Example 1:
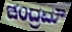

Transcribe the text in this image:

ಚಂದ್ರಮೌ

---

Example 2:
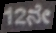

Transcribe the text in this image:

12ನೇ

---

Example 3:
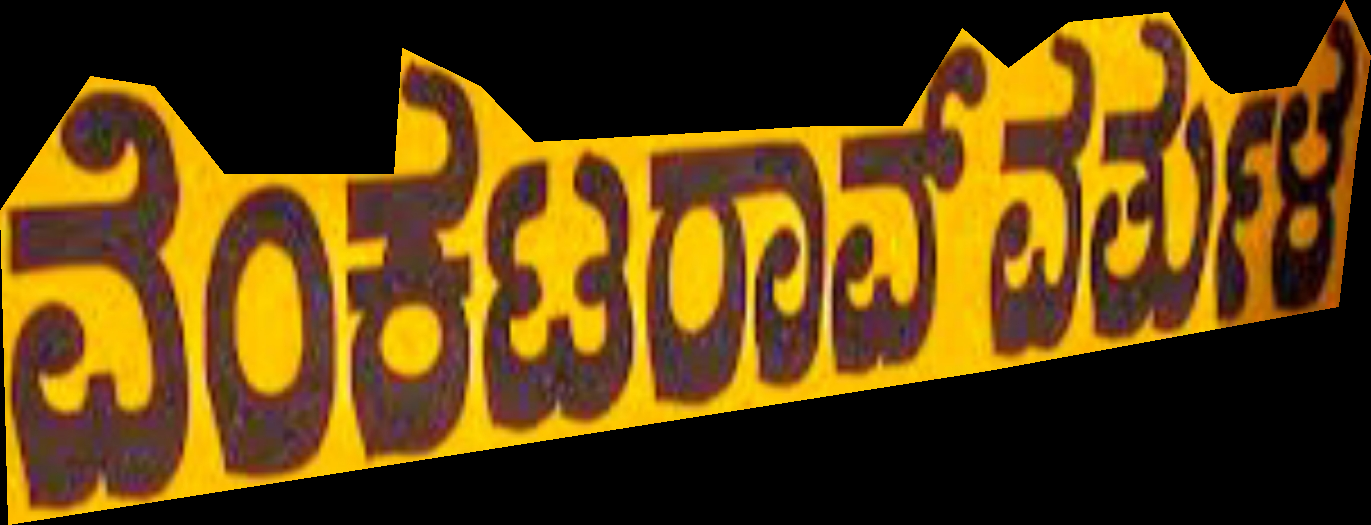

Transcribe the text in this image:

ವೆಂಕಟರಾವ್‌ ವರ್ತುಕ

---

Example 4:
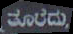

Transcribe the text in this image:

ತೂರೆದು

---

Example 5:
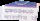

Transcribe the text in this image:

ಭಾರತೀಯ भारतीय